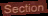
Section